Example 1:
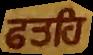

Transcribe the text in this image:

ਫਤਹਿ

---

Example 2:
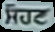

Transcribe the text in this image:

ਸੋਹਣ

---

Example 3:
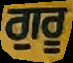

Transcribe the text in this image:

ਰੁਰੂ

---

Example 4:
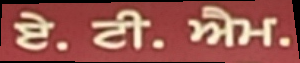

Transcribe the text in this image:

ਏ. ਟੀ. ਐਮ.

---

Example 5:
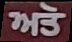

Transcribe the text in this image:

ਅਤੋ